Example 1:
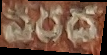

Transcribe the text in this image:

వరద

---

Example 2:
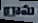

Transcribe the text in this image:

గ్రామ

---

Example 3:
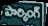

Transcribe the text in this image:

పార్కింగ్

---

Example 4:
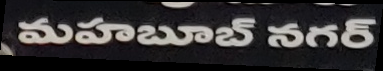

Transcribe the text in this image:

మహబూబ్ నగర్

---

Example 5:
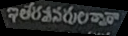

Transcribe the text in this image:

ఇతరవనగుల ద్వారా